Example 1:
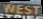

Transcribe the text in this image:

WEST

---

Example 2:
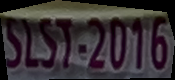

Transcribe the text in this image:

SLST-2016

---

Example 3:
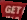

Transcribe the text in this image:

GET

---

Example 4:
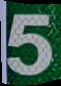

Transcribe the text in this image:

5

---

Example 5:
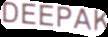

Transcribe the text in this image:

DEEPAK